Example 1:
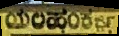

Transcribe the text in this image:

ಯಲಹಂಕರ್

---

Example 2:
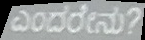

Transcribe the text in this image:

ಎಂದರೇನು?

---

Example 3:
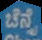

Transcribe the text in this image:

ಚನೈ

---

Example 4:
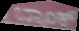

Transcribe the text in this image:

ಬ್ಯಾಂಕ್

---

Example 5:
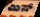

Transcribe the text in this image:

ಮಸ್